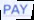
PAY